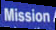
Mission